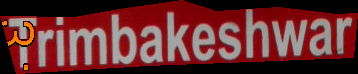
Trimbakeshwar